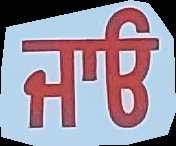
ਜਾੳ